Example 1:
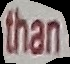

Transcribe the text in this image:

than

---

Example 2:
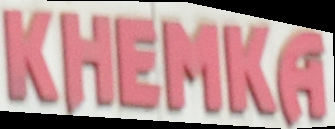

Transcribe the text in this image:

KHEMKA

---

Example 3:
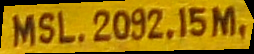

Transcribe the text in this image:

MSL.2092.15M.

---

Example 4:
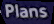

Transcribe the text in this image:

Plans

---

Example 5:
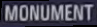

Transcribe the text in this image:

MONUMENT